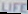
LIFE